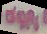
ಕಲ್ಲ೩